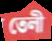
তেনী